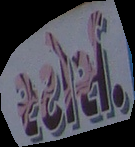
સ્ટોર્સ